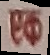
एक